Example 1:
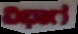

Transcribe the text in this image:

Depart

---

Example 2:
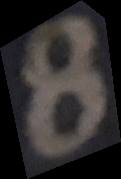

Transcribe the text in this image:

8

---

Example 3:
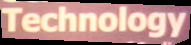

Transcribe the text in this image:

Technology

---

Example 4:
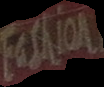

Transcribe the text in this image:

Fashion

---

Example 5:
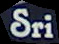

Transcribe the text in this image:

Sri